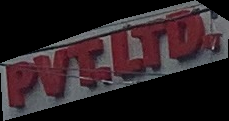
PVT.LTD.